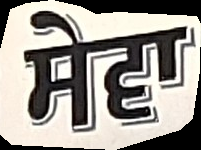
ਸੇਵਾ